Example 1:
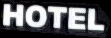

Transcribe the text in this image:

HOTEL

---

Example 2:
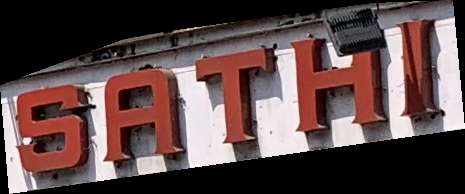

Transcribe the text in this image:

SATHI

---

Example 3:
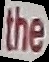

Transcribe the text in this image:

the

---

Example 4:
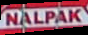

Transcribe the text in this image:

NALPAK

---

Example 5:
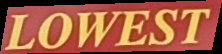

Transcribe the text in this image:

LOWEST